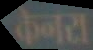
केनरा